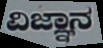
ವಿಜ್ಞಾನ